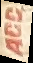
ACC,